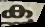
ക